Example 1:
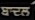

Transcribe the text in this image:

ਬਾਦਲ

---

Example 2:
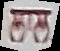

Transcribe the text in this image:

ਲਾਲ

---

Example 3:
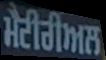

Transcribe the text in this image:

ਮੈਟੀਰੀਅਲ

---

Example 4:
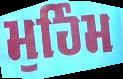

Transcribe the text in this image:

ਮੁਹਿੰਮ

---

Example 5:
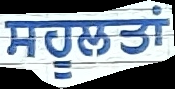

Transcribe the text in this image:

ਸਹੂਲਤਾਂ